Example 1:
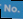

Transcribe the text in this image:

No.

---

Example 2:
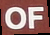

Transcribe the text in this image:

OF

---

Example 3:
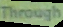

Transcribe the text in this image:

Through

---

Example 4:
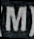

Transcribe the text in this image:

M)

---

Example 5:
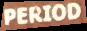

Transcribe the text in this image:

PERIOD